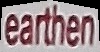
earthen